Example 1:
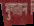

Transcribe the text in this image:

भुगतान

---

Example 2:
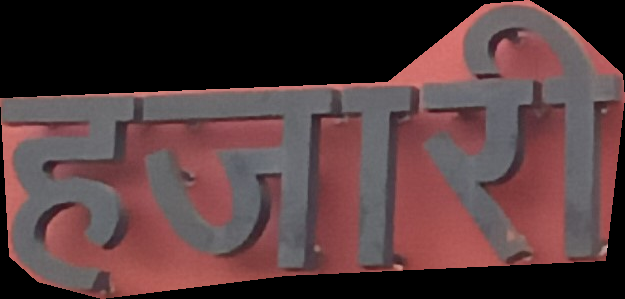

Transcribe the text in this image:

हजारी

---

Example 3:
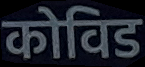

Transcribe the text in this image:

कोविड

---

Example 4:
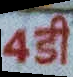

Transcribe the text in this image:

4 डी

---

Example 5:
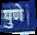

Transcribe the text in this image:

पुणे